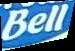
Bell